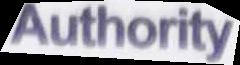
Authority